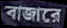
বাজারে